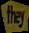
they